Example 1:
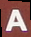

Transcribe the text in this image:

A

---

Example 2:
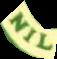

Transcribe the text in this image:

NIL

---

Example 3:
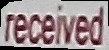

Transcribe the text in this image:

received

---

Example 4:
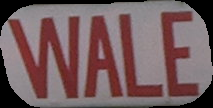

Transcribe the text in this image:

WALE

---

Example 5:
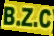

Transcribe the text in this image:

B.Z.C